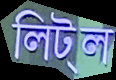
লিট্ল